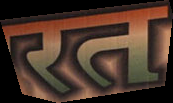
रत